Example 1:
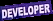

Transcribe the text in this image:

DEVELOPER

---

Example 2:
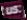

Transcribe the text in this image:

US:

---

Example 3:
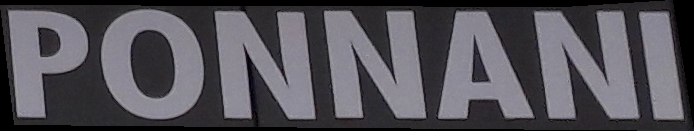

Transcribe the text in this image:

PONNANI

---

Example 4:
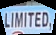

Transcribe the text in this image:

LIMITED,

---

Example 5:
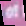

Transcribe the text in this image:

of